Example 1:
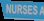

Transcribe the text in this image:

NURSES A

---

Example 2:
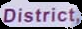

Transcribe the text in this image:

District,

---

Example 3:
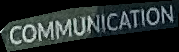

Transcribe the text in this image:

COMMUNICATION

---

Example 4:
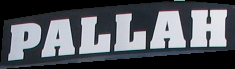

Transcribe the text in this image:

PALLAH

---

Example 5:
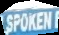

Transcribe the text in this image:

SPOKEN